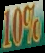
10%